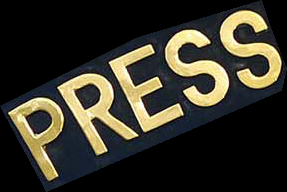
PRESS